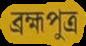
ব্রহ্মপুত্র